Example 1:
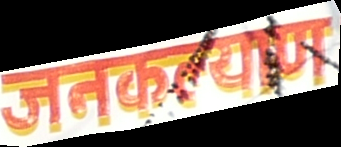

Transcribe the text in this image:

जनकल्याण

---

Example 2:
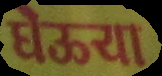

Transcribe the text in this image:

घेऊया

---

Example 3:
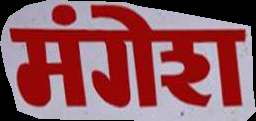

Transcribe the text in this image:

मंगेरा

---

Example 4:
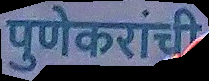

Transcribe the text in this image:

पुणेकरांची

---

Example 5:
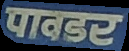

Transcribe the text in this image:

पावडर